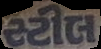
સ્ટીલ